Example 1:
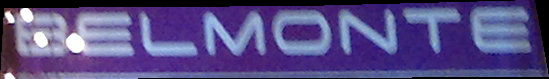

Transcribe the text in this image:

BELMONTE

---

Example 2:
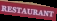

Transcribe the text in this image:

RESTAURANT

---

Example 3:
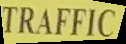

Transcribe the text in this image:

TRAFFIC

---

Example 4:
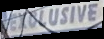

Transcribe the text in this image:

EXCLUSIVE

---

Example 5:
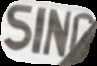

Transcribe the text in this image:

SIN